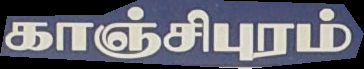
காஞ்சிபுரம்